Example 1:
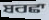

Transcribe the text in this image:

ਬਰਛਾ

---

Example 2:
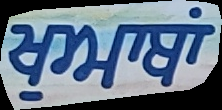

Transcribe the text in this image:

ਖੁਆਬਾਂ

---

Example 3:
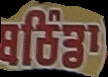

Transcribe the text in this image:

ਬਠਿੰਡਾ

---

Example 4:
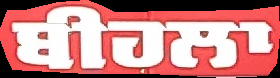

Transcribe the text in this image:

ਬੀਹਲਾ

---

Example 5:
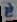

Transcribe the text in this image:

ਦੇ